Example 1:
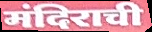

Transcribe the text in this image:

मंदिराची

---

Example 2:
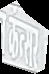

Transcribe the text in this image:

कॅत्सर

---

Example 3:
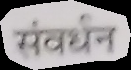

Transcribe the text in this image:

संवर्धन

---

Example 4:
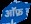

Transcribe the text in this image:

ऑफ्र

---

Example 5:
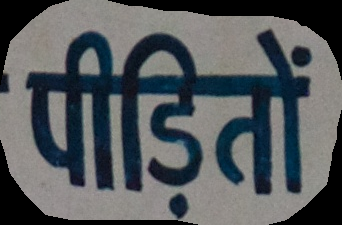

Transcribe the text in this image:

पीड़ितों